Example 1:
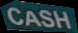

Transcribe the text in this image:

CASH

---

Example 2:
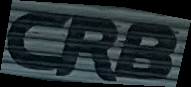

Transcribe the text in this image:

CRB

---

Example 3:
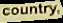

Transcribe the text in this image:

country,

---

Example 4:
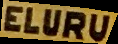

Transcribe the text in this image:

ELURU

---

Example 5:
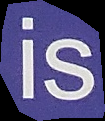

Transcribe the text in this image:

is